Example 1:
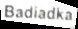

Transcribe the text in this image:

Badiadka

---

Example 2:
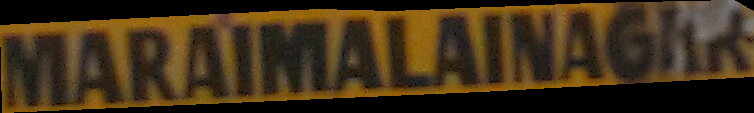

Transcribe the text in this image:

MARAIMALAINAGAR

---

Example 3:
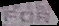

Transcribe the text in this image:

FOR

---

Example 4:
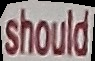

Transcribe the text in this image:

should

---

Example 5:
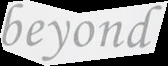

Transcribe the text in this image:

beyond